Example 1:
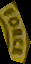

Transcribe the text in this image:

FORCE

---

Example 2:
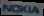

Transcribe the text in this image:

NOKIA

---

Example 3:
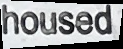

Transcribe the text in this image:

housed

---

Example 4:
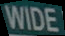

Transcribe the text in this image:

WIDE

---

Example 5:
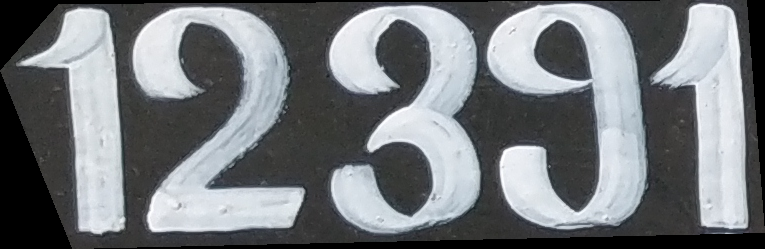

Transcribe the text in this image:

12391